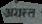
अगस्त